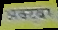
अक्टूबर